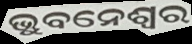
ଭୁବନେଶ୍ୱର